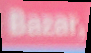
Bazar,